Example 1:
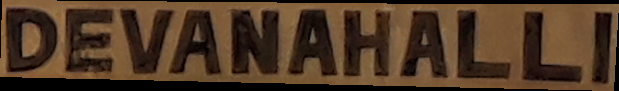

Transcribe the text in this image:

DEVANAHALLI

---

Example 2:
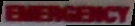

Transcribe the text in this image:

EMERGENCY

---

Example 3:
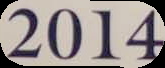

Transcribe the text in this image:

2014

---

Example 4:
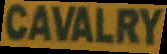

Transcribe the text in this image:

CAVALRY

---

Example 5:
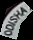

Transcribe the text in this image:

ODISHA